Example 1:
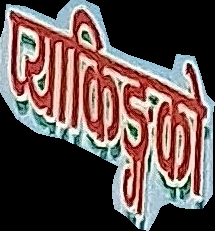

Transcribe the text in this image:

प्याकिङ्गको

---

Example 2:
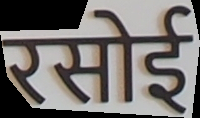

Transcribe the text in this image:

रसोई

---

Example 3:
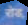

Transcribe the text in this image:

रोड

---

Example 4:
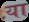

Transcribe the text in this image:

या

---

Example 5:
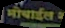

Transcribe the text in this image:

मोबाईल